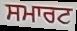
ਸਮਾਰਟ